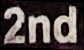
2nd